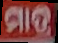
ମାତ,